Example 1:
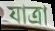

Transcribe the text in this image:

যাত্রা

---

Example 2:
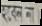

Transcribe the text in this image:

হবেন না।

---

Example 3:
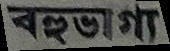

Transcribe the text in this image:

বহুভাগ্য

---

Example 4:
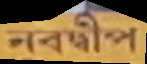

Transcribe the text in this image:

নবদ্বীপ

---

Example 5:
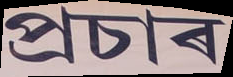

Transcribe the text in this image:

প্রচাৰ